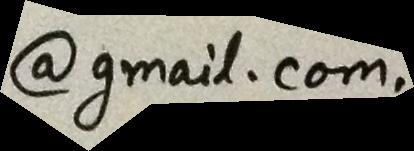
@gmail.com,